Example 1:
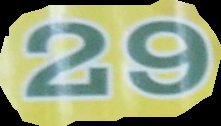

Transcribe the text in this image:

29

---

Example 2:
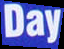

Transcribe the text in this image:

Day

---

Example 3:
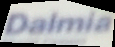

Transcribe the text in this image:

Dalmia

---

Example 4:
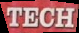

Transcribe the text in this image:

TECH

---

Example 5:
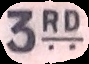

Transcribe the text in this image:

3RD